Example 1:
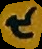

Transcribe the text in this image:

੮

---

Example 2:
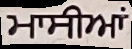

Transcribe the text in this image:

ਮਾਸੀਆਂ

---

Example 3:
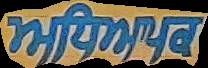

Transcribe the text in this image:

ਅਧਿਆਪਕ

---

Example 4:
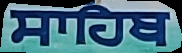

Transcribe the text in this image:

ਸਾਹਿਥ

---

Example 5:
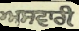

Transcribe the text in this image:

ਅਸਵਾਰੀ